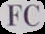
FC